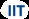
IIT